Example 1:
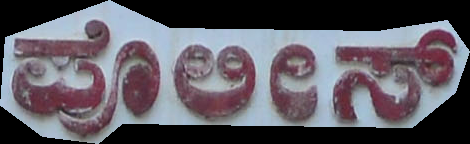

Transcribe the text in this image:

ಪೊಲೀಸ್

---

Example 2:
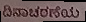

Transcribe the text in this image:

ದಿನಾಚರಣೆಯ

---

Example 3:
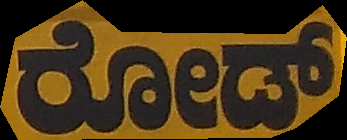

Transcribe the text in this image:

ರೋಡ್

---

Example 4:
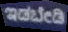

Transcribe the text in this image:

ಇಡಬೇಡಿ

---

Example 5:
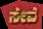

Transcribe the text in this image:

ಸೇವ